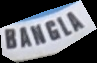
BANGLA